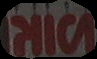
ત્રાળ